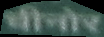
मीनोर